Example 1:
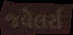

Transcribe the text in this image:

જવેલર્સ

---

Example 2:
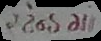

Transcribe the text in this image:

રટેડમા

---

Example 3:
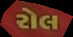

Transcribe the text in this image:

રોલ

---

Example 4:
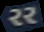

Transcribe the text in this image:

રર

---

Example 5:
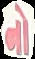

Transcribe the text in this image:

નો